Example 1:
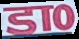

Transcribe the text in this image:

डा०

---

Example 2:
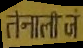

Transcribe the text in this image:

तेनालीजं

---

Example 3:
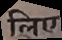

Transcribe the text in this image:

लिए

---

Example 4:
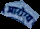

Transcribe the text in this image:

आरोग्य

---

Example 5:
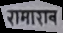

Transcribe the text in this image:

रामाराव